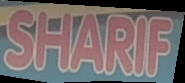
SHARIF